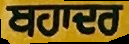
ਬਹਾਦਰ